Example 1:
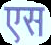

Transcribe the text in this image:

एस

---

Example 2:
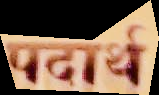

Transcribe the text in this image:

पदार्थ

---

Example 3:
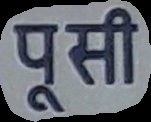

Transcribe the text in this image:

पूसी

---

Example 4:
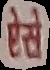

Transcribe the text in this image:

ऐसे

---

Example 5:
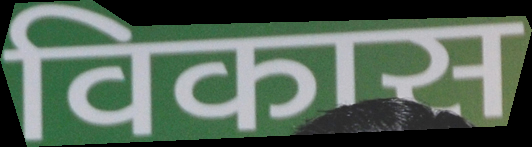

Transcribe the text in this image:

विकास